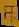
तः